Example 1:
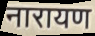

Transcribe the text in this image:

नारायण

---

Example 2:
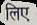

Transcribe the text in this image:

लिए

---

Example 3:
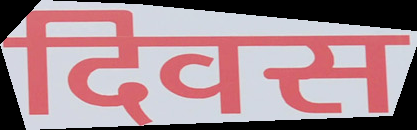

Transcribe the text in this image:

दिवस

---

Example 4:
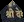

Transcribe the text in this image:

श्री दे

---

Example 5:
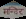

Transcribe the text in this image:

मन्दिर